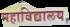
महाविद्यालय,